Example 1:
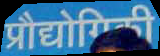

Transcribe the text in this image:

प्रौधो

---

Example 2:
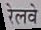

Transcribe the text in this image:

रेलवे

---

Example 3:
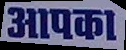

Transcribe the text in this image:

आपका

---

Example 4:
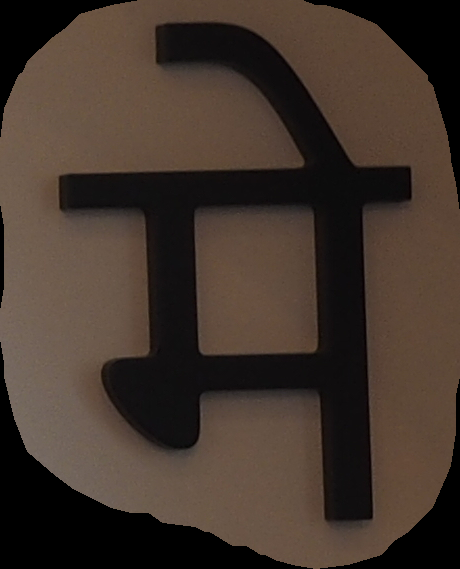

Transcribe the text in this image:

मे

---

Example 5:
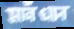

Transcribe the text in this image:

सावधान